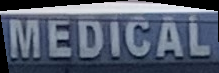
MEDICAL